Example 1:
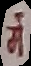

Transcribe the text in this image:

में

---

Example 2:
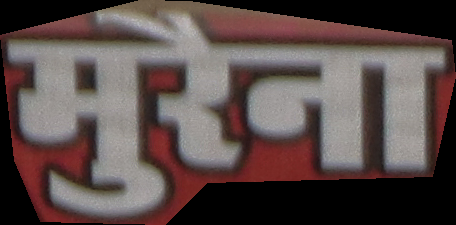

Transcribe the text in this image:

मुरैना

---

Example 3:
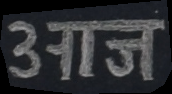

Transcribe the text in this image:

आज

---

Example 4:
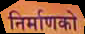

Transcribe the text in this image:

निर्माणको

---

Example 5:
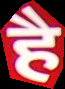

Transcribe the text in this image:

हेै